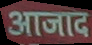
आजाद